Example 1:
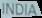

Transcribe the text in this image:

INDIA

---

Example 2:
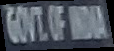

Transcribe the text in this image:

GOVT.OFINDIA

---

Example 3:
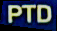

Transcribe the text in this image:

PTD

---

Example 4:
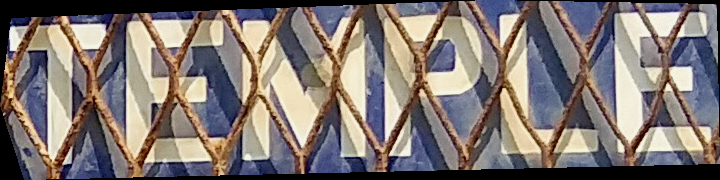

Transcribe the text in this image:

TEMPLE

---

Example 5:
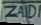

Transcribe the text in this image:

ZAID